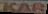
KAR